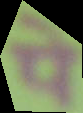
पे